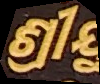
ଶ୍ରୀ